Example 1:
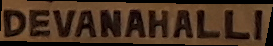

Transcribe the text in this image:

DEVANAHALLI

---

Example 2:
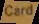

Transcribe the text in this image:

Card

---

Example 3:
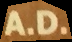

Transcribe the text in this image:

A.D.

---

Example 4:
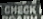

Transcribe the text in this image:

CHECK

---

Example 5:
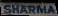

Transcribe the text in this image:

SHARMA